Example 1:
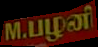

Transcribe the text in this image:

M.பழனி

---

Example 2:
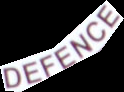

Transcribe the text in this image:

DEFENCE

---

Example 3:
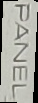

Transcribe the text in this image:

PANEL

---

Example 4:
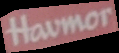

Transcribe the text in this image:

Havmor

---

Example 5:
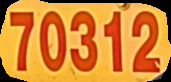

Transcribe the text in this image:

70312